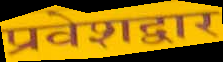
प्रवेशद्वार